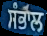
ਸਂਭਾਲ